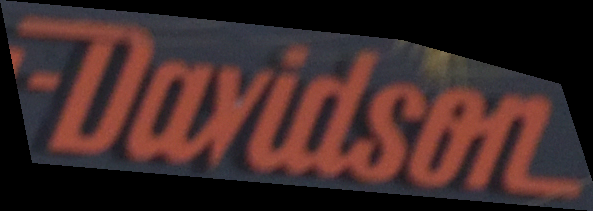
Davidson